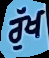
ਰੁੱਥ